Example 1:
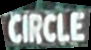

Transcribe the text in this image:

CIRCLE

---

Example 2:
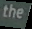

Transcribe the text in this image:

the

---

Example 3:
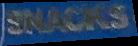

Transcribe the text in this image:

SNACKS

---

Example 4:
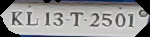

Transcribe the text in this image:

KL13-T-2501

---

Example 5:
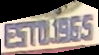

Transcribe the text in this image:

ESTD.1965